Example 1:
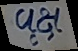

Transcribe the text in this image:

વૃક્ષ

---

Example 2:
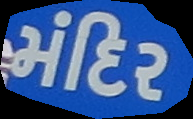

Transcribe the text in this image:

મંદિર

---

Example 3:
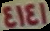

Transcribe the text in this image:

દાદ1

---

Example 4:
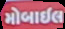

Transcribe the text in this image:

મોબાઇલ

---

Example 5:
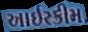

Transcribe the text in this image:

આઇસ્ક્રીમ